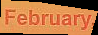
February